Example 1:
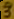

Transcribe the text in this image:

ਤੇ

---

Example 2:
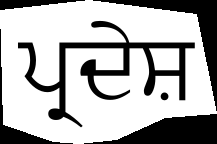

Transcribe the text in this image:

ਪ੍ਰਦੇਸ਼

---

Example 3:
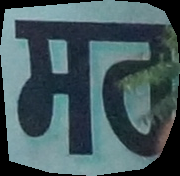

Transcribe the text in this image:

ਸਰ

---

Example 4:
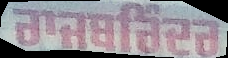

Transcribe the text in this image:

ਰਾਜਬਰਿੰਦਰ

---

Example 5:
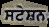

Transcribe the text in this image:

ਸਟੇਸ਼ਨ